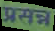
प्रसन्न